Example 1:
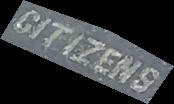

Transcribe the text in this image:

CITIZENS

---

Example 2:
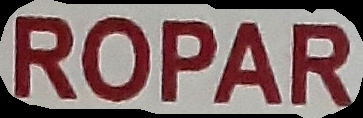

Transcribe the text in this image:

ROPAR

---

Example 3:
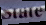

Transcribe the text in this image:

State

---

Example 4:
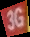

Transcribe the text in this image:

3G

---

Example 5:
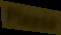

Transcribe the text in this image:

Please